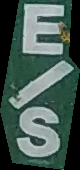
E/S